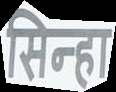
सिन्‍हा